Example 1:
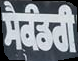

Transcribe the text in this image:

ਸੈਕੰਡਰੀ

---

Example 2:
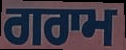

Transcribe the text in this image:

ਗਰਾਮ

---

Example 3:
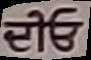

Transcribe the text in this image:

ਦੀਓ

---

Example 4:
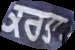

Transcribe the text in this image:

ਕਰਰਾ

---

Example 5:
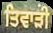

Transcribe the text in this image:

ਤਿਵਾੜੀ